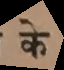
के